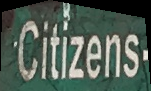
Citizens.